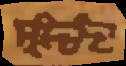
ਸ੍ਰੀਚਟ